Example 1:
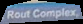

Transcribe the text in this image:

RoutComplex,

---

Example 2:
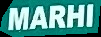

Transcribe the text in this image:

MARHI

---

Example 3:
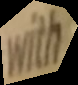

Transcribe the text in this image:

with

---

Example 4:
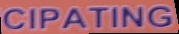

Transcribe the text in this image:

CIPATING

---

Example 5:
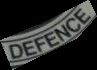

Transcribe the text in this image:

DEFENCE